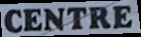
CENTRE